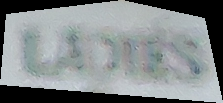
LADIES